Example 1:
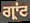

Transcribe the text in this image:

ਗ੍ਰਾਂਟ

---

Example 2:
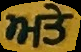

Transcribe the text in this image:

ਅਤੇ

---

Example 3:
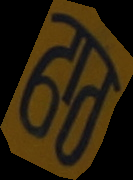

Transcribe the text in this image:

ਫਾਰ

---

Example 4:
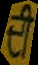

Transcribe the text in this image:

ਦੀ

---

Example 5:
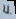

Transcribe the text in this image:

੫.